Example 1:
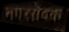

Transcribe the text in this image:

नगरसेवक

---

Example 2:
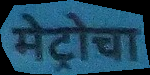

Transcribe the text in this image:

मेट्रोचा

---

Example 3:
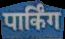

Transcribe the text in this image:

पार्किंग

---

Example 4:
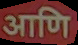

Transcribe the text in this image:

आणि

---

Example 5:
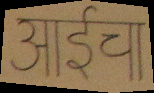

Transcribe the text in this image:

आईचा